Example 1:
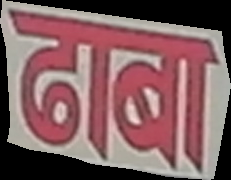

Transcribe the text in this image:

ढाबा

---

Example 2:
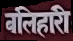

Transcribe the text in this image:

बलिहारी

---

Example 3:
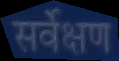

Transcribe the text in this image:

सर्वेक्षण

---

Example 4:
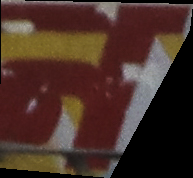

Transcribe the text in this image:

न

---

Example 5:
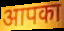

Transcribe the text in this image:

आपका